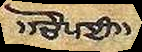
॥ਚੌਪਈ॥